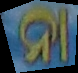
ନା